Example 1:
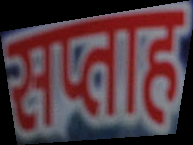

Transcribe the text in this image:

सप्ताह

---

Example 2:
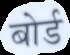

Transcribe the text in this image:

बोर्ड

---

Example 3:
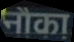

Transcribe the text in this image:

नौका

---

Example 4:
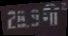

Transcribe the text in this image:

28.9मी2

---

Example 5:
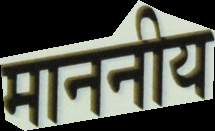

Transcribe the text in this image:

माननीय